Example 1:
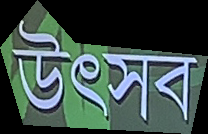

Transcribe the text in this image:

উৎসব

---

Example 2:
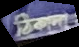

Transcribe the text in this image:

ঠিকানা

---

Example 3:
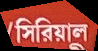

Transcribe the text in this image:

/ সিরিয়াল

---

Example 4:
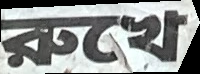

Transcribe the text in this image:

রুখে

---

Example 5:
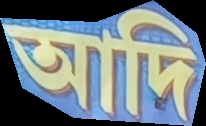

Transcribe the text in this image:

আদি